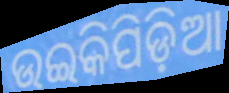
ଉଇକିପିଡ଼ିଆ